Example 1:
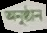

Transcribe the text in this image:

অনুষ্ঠান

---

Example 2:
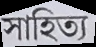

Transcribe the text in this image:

সাহিত্য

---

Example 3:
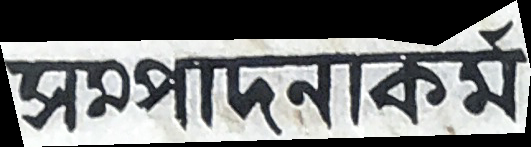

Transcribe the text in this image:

সম্পাদনাকর্ম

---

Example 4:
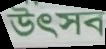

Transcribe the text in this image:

উৎসব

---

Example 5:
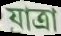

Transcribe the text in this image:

যাত্রা